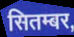
सितम्बर